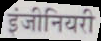
इंजीनियरी